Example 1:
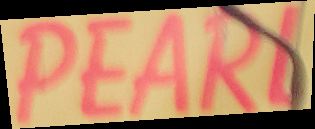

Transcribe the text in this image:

PEARL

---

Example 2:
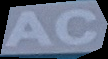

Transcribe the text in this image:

AC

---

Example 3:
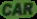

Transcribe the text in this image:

CAR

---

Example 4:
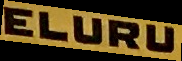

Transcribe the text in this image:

ELURU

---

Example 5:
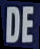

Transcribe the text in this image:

DE